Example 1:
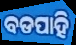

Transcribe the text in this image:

ବଡପାହି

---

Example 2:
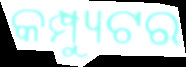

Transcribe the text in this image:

କମ୍ପ୍ୟୁଟର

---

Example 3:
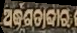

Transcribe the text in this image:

ଅଦ୍ଧଶତାବ୍ଦୀର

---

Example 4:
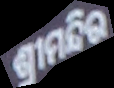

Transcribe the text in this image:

ଶ୍ରୀମନ୍ଦିର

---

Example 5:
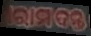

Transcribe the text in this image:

ରାମଦନ୍ତ